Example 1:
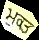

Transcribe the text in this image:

ਮੁਕਤ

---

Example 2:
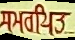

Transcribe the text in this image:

ਸਮਰਪਿਤ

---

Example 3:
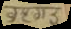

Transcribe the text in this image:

ਭਦਗਤ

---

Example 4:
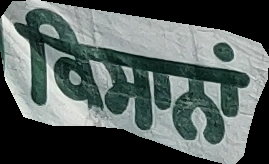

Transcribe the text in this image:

ਕਿਸਾਨਾਂ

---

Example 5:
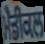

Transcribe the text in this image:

ਮੇਡੀਕਲ